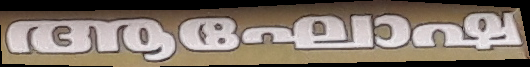
ആഘോഷ